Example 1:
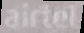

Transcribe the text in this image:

ओरेशी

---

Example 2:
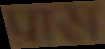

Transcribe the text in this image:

पास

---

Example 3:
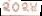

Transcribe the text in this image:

२०२४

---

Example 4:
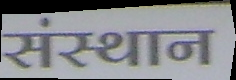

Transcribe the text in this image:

संस्थान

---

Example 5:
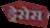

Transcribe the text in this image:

ड्रेसेस